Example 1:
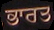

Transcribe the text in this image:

ਭਾਰਤ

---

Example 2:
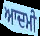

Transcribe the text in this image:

ਆਦਮੀ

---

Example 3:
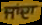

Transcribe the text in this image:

ਜਾਂਦਾ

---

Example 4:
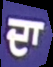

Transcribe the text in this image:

ਦਾ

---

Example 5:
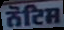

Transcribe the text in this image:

ਨੋਟਿਸ